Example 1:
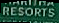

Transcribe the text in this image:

RESORTS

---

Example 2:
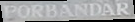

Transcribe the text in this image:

PORBANDAR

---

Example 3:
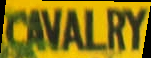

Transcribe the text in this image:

CAVALRY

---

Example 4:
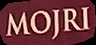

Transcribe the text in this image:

MOJRI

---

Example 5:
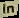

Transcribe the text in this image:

in